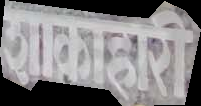
शाकाहारी